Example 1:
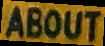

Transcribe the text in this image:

ABOUT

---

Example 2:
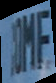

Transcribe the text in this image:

COME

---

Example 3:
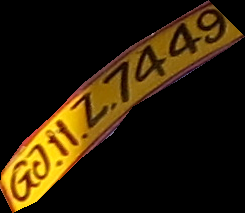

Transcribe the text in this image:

GJ.11.Z.7449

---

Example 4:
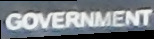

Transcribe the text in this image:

GOVERNMENT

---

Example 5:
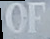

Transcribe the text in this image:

OF